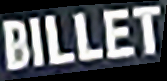
BILLET